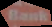
Bank